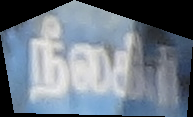
நீலகிாி